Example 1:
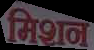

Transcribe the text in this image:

मिशन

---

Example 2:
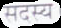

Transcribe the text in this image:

सदस्य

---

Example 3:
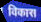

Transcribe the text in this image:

विकास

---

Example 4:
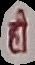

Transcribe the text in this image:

हो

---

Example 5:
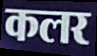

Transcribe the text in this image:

कलर